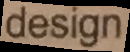
design